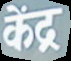
केंद्र